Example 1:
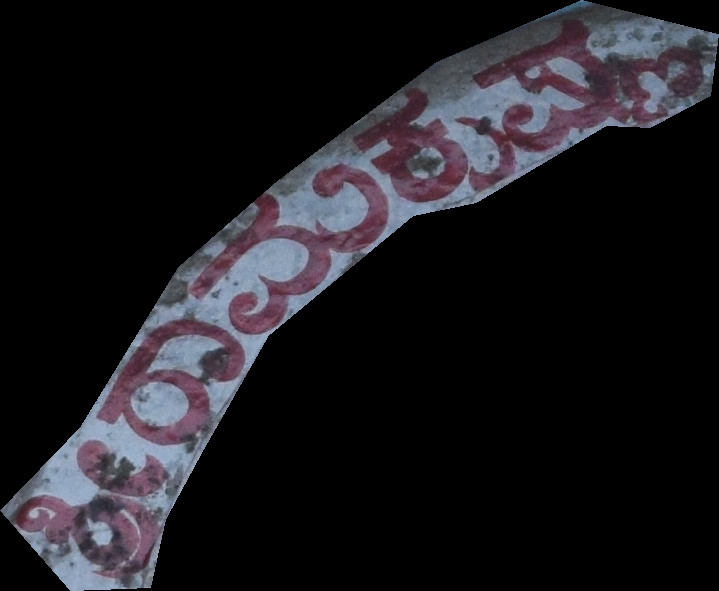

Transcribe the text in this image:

ಶ್ರೀ ರಾಮಕೃಷ್ಣ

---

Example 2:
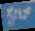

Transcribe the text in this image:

ಸ್ಟೇಟ್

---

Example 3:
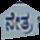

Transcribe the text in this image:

ನೇತ್ರ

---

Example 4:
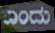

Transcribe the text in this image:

ಎಂದು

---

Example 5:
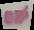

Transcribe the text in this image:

ಅಸ್